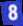
8